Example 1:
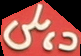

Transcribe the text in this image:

دہلی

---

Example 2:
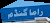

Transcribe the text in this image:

راما گندم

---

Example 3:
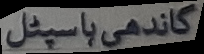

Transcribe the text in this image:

گاندھی ہسپتال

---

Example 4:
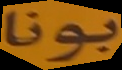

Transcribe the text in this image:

بونا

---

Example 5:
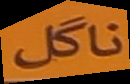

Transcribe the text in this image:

ناگل